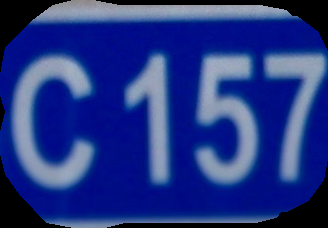
C157